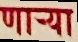
णाऱ्या